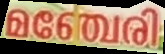
മഞ്ചേരി